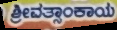
ಶ್ರೀವತ್ಸಾಂಕಾಯ